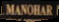
MANOHAR